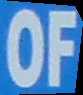
OF